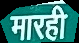
मारही